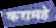
करामहे